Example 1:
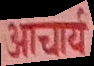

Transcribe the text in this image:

आचार्य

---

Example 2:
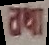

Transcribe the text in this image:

तथा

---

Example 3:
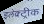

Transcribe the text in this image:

इलेक्ट्रीक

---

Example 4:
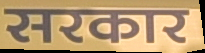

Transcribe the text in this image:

सरकार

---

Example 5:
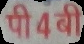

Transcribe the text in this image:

पी4बी